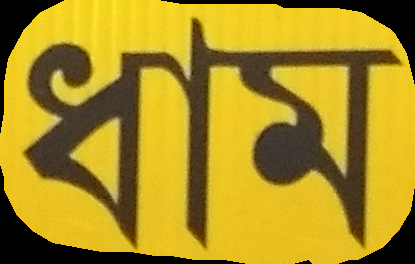
ধাম